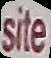
site